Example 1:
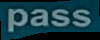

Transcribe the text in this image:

pass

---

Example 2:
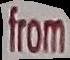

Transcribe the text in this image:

from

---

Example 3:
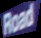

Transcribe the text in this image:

Road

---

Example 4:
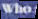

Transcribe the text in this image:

Who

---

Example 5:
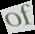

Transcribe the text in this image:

of